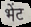
भेंट